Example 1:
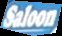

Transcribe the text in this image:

Saloon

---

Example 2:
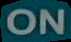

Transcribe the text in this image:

ON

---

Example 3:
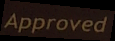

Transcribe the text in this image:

Approved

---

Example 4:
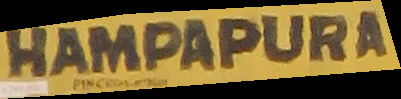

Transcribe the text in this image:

HAMPAPURA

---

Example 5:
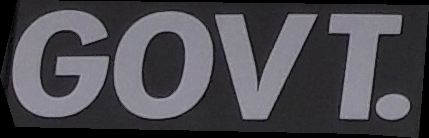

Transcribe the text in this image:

GOVT.